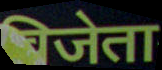
विजेता